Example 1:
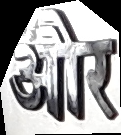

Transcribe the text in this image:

और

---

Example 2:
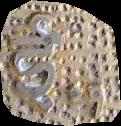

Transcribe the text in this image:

ई.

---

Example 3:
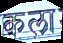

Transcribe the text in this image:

कला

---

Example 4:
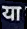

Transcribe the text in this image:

या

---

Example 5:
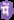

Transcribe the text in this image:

में